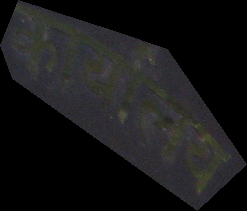
कार्यालय